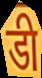
डी